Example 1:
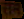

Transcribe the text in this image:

राम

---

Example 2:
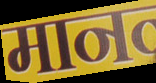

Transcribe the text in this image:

मानव्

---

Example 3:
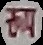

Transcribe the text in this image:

रूप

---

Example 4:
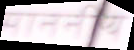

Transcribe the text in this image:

माननीय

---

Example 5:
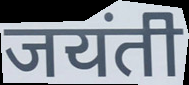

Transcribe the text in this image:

जयंती